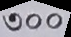
৩০০